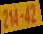
२५६०६२